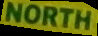
NORTH